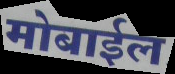
मोबाईल